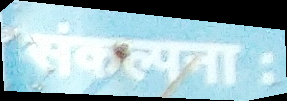
संकल्पनाः